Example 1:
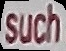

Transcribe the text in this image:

such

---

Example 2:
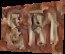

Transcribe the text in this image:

SRI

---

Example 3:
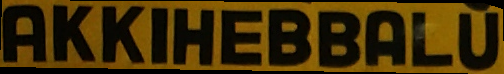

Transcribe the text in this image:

AKKIHEBBALU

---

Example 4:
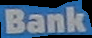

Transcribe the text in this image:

Bank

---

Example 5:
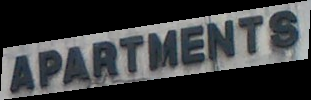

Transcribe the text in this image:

APARTMENTS